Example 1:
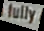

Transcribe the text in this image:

fully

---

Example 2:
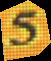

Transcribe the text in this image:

5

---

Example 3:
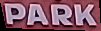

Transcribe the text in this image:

PARK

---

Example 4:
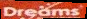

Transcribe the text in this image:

Dreams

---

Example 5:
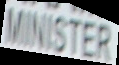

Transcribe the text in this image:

MINISTER